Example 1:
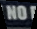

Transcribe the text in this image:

NO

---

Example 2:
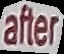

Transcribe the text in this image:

after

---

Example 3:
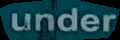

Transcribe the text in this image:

under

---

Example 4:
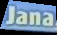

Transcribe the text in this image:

Jana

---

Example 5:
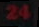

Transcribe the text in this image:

24